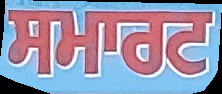
ਸਮਾਰਟ